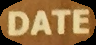
DATE